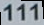
111